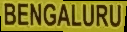
BENGALURU